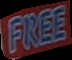
FREE